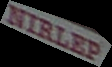
NIRLEP